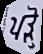
ਪੜੋੁ